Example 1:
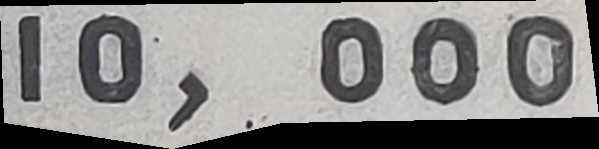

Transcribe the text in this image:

10,000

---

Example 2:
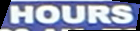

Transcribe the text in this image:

HOURS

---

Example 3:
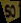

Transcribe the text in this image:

50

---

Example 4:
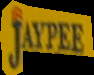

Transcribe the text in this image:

JAYPEE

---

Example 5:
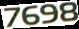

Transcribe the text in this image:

7698